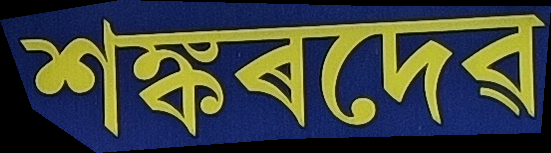
শঙ্কৰদেৱ